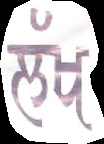
ਲੱਖ